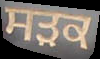
ਸੜਕ